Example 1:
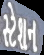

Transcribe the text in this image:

સ્ટેશન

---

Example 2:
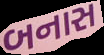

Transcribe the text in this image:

બનાસ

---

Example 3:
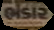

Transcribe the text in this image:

ભંડાર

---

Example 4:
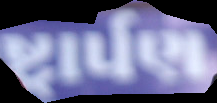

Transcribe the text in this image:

ષ્ટાર્પણ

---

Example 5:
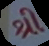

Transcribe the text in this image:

શ્રી